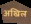
अखिल